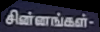
சின்னங்கள்-